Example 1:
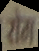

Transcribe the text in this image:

रोग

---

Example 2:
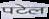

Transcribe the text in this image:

पटेल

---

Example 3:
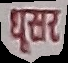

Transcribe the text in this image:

धूसर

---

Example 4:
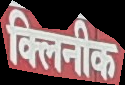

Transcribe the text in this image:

क्लिनीक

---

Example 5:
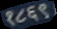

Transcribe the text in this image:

१८६९